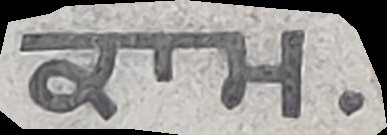
ਕਾਮ.